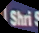
Shri